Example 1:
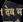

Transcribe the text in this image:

देव म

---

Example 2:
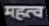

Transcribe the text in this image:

महत्व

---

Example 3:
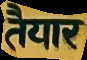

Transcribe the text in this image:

तैयार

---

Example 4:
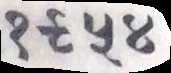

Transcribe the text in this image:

१६५४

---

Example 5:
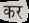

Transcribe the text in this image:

कर